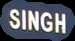
SINGH